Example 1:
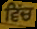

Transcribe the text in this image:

ਵਿਂਚ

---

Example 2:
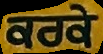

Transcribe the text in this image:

ਕਰਕੇ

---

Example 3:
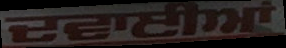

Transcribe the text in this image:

ਦਵਾਈਆਂ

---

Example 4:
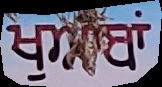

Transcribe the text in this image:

ਖੁਆਬਾਂ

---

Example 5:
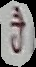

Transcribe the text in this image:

ਹੈ